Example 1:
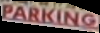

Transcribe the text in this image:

PARKING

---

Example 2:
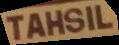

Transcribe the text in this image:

TAHSIL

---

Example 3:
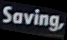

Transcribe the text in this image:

Saving,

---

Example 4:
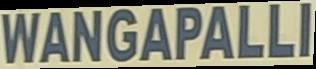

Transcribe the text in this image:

WANGAPALLI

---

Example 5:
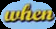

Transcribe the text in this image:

when